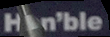
Hon